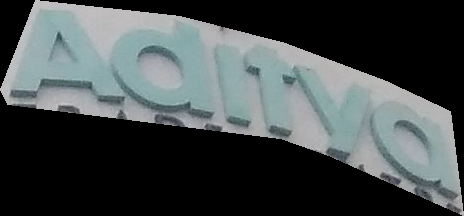
Aditya